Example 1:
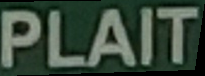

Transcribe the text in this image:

PLAIT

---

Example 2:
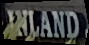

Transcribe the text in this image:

INLAND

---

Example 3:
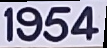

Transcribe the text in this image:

1954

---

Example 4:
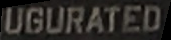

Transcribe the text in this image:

UGURATED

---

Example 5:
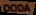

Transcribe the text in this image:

DODA